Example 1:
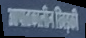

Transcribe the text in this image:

आपातकालीन खिड़की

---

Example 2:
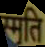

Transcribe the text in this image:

स्मृति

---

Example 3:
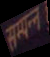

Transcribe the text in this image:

सम्पन्न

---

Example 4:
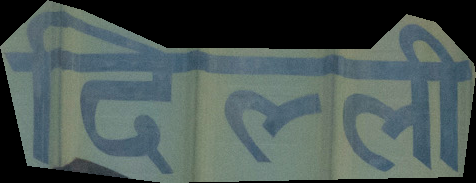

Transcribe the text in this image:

दिल्ली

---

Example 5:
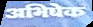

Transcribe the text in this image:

अभिषेक